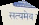
सत्यमेव